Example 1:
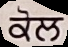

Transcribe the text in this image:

ਕੋਲ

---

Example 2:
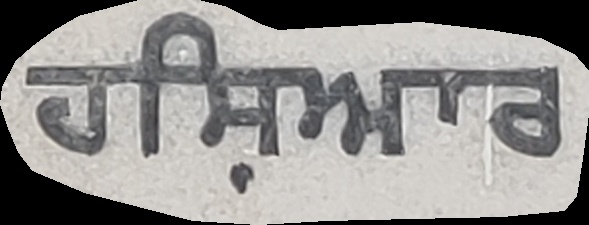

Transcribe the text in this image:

ਹਸਿਆਰ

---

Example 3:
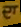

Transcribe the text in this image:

ਦਾ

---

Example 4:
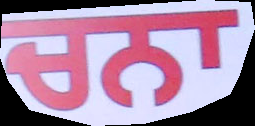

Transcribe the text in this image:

ਚਨਾ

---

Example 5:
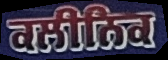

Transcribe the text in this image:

ਕਲੀਨਿਕ